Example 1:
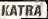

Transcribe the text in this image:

KATRA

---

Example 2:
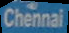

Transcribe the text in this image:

Chennai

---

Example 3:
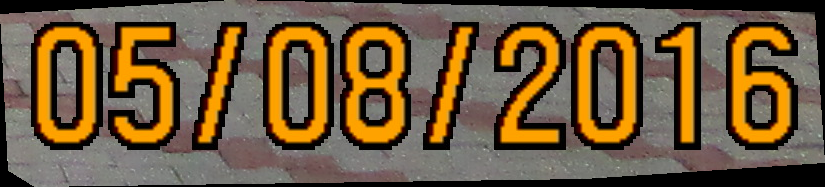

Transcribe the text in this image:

05/08/2016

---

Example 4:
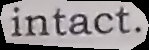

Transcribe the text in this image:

intact.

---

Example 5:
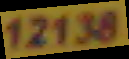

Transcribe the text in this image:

12138